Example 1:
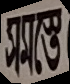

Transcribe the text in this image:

সমস্তে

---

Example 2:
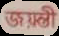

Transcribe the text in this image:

জয়ন্তী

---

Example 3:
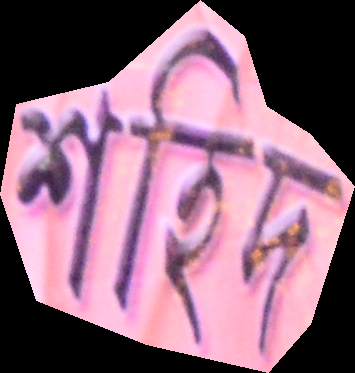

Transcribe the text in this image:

শহিদ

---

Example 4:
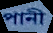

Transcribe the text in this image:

পানী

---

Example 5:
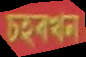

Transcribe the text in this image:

চহৰখন